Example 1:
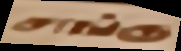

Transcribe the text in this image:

சங்க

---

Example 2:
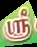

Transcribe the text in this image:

ஸ்ரீ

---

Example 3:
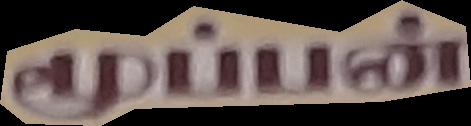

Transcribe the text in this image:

மூப்பன்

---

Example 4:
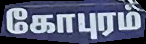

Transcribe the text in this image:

கோபுரம்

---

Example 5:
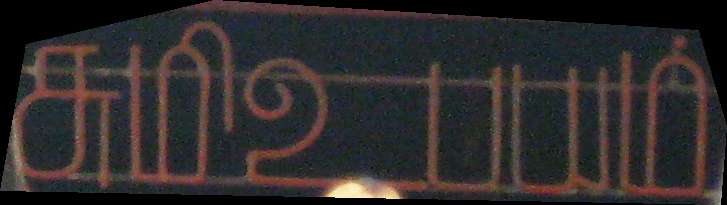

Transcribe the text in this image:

சுரிஉபயம்.